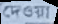
দেওয়া